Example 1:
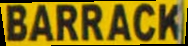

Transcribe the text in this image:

BARRACK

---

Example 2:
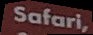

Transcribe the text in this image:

Safari,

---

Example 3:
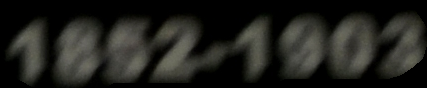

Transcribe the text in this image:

1852-1903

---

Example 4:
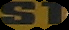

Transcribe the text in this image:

ST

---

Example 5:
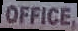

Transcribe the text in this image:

OFFICE,